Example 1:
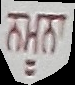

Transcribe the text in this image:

ਨਮੂਨਾ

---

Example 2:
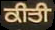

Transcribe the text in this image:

ਕੀਤੀ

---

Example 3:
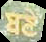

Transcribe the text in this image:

ਬਣੇ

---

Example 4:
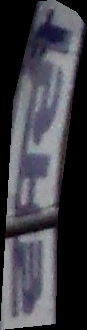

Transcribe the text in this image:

ਵਸਦੀ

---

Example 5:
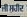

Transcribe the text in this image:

ਜੀ ਸ਼ਹੀਦ